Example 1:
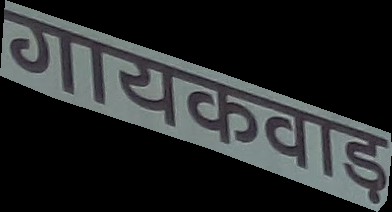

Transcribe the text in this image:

गायकवाड़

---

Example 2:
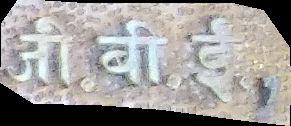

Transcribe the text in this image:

जी.बी.ई.,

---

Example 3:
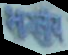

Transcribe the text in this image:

भारतीय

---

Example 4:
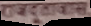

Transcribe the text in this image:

राजदुताबास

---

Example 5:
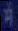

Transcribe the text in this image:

में